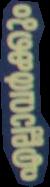
എല്ലാവർക്കും